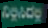
ನಿಲ್ಲಸಿದಲ್ಲಿ